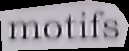
motifs